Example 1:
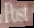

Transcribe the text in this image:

Post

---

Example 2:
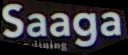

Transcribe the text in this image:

Saaga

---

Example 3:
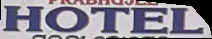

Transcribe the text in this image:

HOTEL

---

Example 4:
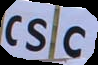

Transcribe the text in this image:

CSC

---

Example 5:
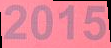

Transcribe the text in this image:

2015